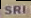
SRI